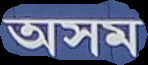
অসম